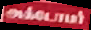
அக்டோபர்